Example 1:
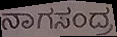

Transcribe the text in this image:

ನಾಗಸಂದ್ರ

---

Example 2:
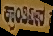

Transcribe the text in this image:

ಶ್ರಾಂತಿಏಕ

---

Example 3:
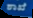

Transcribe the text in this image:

ಶಾಖೆ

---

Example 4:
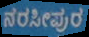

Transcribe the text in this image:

ನರಸೀಪುರ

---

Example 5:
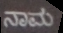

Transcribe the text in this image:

ನಾಮ